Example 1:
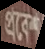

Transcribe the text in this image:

প্রবেশ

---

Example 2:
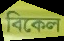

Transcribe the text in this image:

বিকেল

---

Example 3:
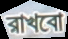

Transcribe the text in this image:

রাখবো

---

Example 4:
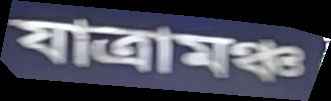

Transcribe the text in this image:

যাত্রামঞ্চ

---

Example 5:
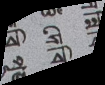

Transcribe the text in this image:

সন্নিধিং কুম ওঁ দেবি দেবি পূজ